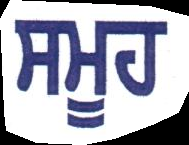
ਸਮੂਹ